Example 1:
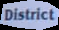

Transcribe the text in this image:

District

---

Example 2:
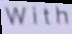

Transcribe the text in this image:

With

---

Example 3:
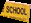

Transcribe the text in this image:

SCHOOL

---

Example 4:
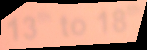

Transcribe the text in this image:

13to18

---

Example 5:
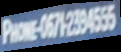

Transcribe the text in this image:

PHONE-0671-2394555